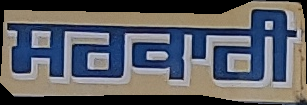
ਸਰਕਾਰੀ